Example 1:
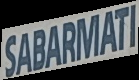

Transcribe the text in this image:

SABARMATI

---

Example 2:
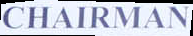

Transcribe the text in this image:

CHAIRMAN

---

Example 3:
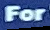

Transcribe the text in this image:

For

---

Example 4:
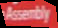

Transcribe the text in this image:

Assembly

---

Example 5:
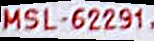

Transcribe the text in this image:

MSL-62291,